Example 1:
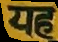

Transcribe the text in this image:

यह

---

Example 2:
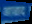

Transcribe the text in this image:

आजाद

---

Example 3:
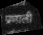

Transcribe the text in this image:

प्रणाली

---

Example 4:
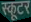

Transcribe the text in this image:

स्कूटर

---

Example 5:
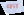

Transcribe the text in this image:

का